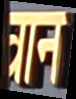
वान